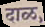
दाळ,